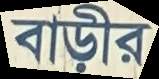
বাড়ীর